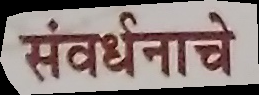
संवर्धनाचे